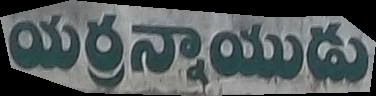
యర్రన్నాయుడు